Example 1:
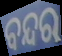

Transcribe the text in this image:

ବନ୍ଦର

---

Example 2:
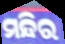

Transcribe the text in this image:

ମଦିର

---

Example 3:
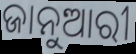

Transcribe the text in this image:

ଜାନୁଆରୀ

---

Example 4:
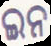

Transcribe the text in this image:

ଇନ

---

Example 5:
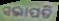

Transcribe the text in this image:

ସଭାପତି